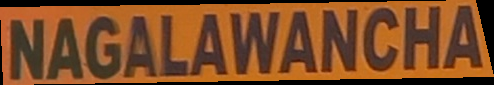
NAGALAWANCHA